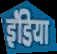
इंडिया